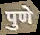
पुणे